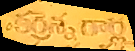
కర్రన్నగార్ల